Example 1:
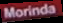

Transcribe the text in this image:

Morinda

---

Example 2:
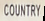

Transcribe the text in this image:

COUNTRY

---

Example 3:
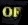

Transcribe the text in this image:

OF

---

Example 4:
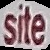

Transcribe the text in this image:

site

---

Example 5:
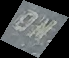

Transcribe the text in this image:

ON